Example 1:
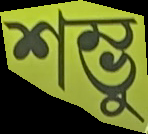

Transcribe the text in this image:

শম্ভু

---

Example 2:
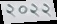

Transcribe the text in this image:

২০২২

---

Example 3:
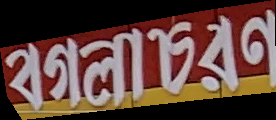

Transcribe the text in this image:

বগলাচরণ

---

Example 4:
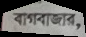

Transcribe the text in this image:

বাগবাজার,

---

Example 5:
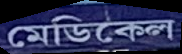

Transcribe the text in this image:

মেডিকেল